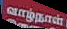
வாழ்நபள்